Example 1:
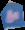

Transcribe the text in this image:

ಶ್ರೀ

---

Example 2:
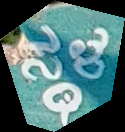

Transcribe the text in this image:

ಸ್ಧಳ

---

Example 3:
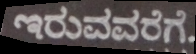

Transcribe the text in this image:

ಇರುವವರೆಗೆ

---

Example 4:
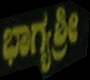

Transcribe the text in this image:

ಭಾಗ್ಯಶ್ರೀ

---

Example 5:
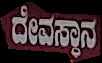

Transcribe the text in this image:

ದೇವಸ್ಥಾನ